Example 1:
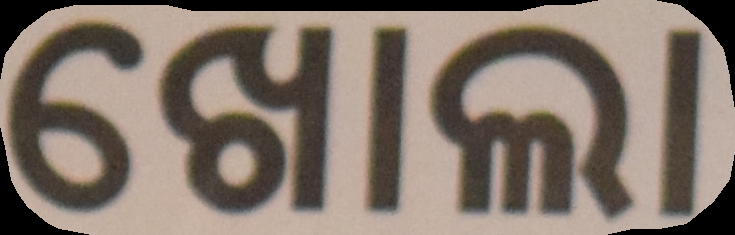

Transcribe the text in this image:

ଖୋଲା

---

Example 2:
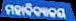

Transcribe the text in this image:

ମହାବିଦ୍ୟାଳୟ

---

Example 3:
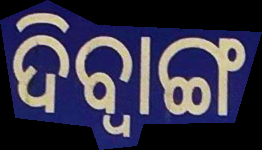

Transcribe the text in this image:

ଦିଗ୍ଧାଙ୍ଗ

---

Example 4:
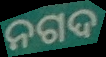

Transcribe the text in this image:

ନଗଦ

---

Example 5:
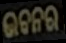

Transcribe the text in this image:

ଭବନର